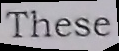
These